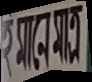
হ মানে মাত্র